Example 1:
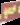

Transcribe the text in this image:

ಸ್ವೀಟ್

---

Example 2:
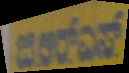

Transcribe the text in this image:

ಜಆರ್ಎಸ್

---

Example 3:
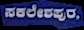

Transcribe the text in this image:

ಸಕಲೇಶಪುರ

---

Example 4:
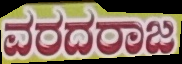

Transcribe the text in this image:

ವರದರಾಜ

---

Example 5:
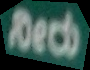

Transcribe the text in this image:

ನೀರು